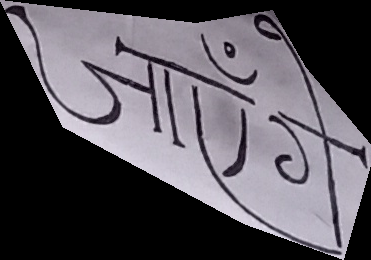
जाएँगे